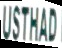
USTHAD